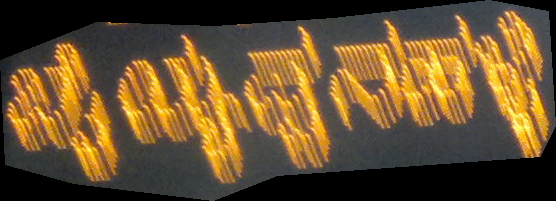
ಬೈಯ್ಯಪ್ಪನಹಳ್ಳಿ